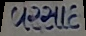
વરસાદ